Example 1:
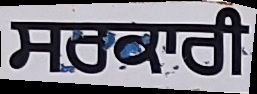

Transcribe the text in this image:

ਸਰਕਾਰੀ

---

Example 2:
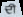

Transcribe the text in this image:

ਦੀ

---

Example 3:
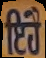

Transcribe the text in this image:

ਇਹੈ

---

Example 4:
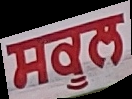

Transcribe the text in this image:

ਸਕੂਲ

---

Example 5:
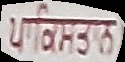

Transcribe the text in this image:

ਪਾਕਿਸਤਾਨ